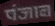
पंजाब